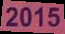
2015